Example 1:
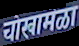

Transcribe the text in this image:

चोखामळा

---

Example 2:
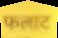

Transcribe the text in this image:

फलाट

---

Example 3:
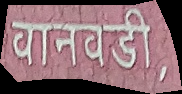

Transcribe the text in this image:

वानवडी,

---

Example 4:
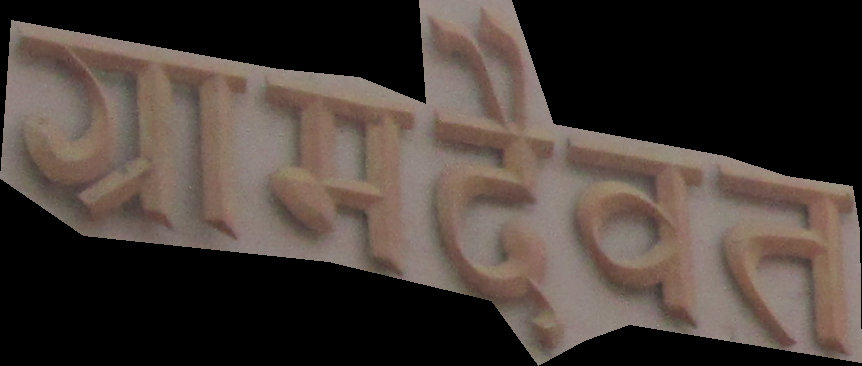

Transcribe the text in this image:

ग्रामदैवत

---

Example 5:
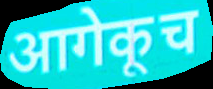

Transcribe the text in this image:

आगेकूच